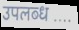
उपलब्ध ....